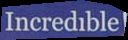
Incredible